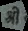
श्री